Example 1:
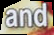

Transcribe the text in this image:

and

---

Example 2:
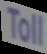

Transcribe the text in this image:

Toll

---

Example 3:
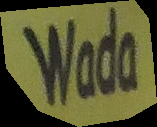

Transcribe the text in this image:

Wada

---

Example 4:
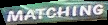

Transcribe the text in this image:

MATCHING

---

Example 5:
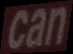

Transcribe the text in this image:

can